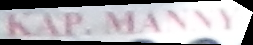
KAP.MANNY